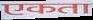
एकता